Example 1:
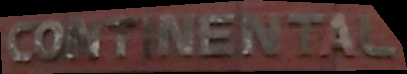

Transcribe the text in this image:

CONTINENTAL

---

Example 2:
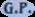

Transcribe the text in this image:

G.P.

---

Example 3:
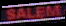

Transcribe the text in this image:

SALEM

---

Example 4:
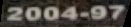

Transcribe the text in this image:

2004-97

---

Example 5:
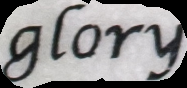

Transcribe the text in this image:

glory